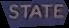
STATE